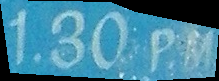
1.30P.P.M.